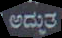
ಅದ್ಫುತ